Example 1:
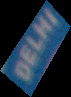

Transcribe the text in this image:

DELHI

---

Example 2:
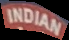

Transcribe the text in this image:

INDIAN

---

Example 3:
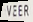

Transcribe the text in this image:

VEER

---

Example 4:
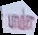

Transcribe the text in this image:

under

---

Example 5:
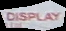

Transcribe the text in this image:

DISPLAY